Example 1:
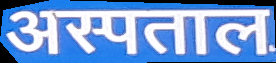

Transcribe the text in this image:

अस्पताल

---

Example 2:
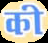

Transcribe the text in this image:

क‍ी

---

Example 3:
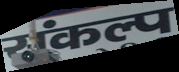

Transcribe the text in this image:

रॉकल्प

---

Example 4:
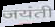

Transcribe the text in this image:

जयंती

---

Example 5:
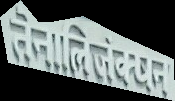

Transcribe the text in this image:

तेनालिजंक्षन